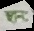
স্থান